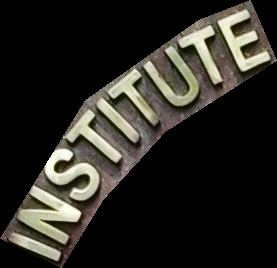
INSTITUTE